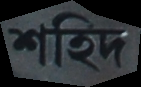
শহিদ